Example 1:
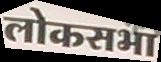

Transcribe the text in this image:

लोकसभा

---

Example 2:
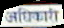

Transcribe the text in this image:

अधिकारी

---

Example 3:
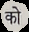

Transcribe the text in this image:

को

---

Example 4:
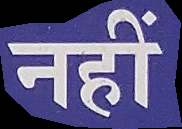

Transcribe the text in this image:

नहीं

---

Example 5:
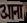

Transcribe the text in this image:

आना